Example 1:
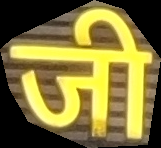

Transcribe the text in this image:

जी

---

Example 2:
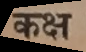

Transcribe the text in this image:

कक्ष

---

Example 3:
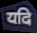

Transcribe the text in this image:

यदि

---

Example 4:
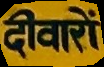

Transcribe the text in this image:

दीवारों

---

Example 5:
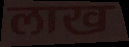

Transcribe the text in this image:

लाख